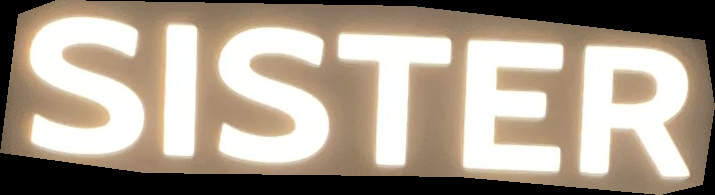
SISTER